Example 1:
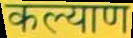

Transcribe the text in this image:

कल्‍याण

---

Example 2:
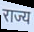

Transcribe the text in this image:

राज्य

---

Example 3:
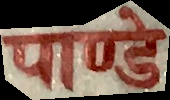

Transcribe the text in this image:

पाण्डे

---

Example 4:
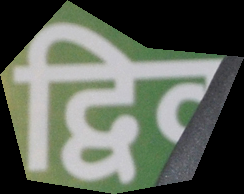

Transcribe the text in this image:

द्वि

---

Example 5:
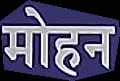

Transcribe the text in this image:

मोहन